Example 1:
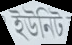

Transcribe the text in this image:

ইউনিট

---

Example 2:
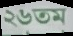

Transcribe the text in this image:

২৬তম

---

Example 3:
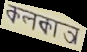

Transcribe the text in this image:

কলকাত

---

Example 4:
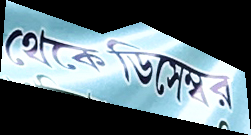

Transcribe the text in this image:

থেকে ডিসেম্বর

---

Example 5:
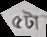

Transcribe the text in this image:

৫টা